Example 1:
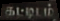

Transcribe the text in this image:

கட்டிடம்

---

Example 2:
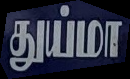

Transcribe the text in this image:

துய்மா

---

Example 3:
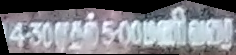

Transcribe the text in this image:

4-30 முதல் 5.00மணிவரை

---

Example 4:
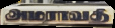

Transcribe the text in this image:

அமராவதி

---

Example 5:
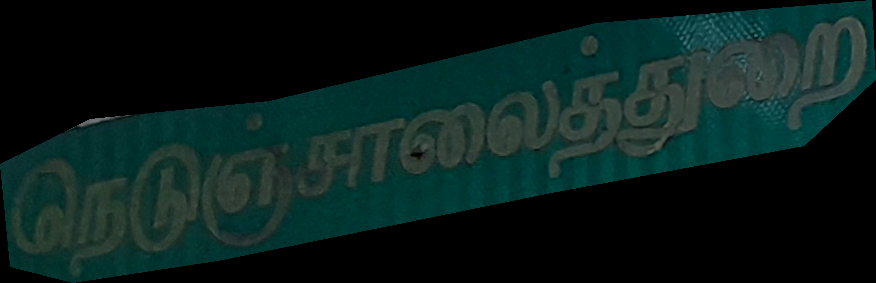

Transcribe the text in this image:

நெடுஞ்சாலைத்துறை